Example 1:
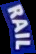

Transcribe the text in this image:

RAIL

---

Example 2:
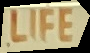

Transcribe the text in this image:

LIFE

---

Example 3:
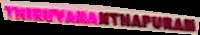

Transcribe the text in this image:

THIRUVARANTHAPURAM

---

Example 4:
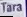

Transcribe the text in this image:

Tara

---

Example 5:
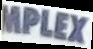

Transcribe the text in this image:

MPLEX